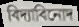
বিদ্যাবিনোদ